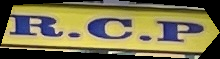
R.C.P